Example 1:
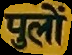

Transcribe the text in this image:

पुलों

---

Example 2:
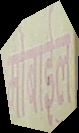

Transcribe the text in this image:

मोबाईल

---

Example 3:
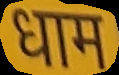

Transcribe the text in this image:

धाम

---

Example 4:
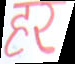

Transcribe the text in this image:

हर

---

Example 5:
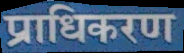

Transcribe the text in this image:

प्राधिकरण